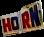
HORN